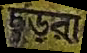
চূড়রা